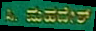
ಸಿ.ಮಹದೇಶ್